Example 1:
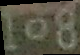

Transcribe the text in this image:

108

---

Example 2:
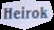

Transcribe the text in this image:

Heirok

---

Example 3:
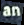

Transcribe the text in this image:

an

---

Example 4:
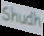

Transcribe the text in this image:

Shudh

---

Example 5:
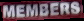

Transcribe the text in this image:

MEMBERS